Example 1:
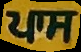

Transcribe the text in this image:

ਪਾਸ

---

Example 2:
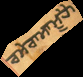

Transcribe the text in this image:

ਰਮੇਰਾਮਾਮੂਹੈ।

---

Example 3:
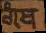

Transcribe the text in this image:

ਗ੍ੰਬ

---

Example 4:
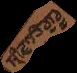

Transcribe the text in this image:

ਸ੍ਰੀਵਾਹਿਗੁਰੂ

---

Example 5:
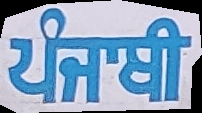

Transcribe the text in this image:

ਪੰਜਾਬੀ